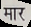
मार